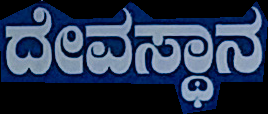
ದೇವಸ್ಧಾನ